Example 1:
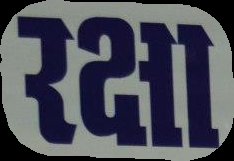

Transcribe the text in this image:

रक्षा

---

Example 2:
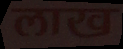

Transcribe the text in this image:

लाख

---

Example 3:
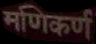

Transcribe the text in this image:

मणिकर्ण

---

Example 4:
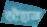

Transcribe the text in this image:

स्टेशन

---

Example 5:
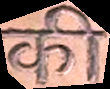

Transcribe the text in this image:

क‍ी